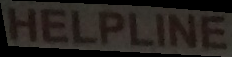
HELPLINE